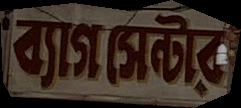
ব্যাগ সেন্টার